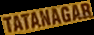
TATANAGAR